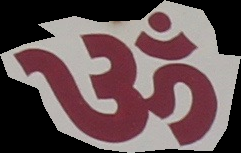
ॐ